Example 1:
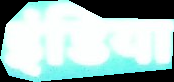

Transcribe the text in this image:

इंडिया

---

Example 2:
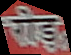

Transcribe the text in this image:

रोड़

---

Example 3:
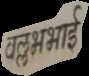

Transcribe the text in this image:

वल्लभभाई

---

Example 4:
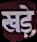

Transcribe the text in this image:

खडे़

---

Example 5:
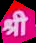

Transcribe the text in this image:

श्री